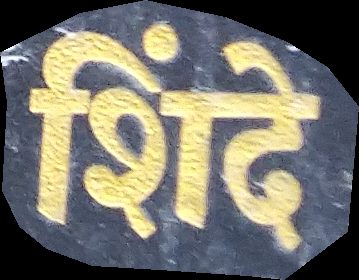
शिंदे